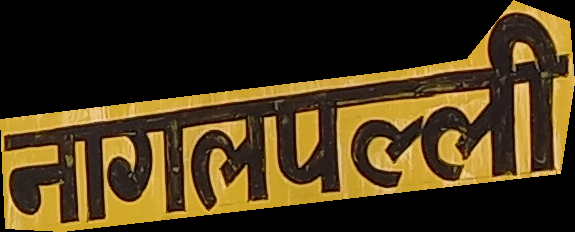
नागलपल्ली